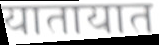
यातायात